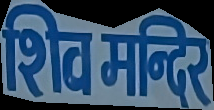
शिव मन्दिर